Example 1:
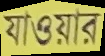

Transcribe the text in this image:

যাওয়ার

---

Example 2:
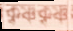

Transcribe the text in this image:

কৃষ্ণ কৃষ্ণ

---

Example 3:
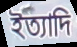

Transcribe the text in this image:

ইত্যাদি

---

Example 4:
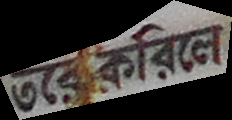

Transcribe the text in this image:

তরে করিলে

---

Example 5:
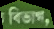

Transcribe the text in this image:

বিভাগ,